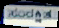
ಸಂರಕ್ಷಿತ